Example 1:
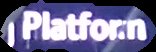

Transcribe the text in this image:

Platforn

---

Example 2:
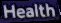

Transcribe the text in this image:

Health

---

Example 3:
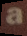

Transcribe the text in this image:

a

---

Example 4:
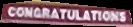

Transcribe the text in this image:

CONGRATULATIONS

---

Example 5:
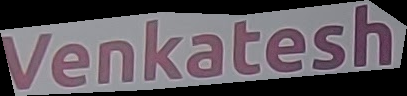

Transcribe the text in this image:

Venkatesh